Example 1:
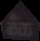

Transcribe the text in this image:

बैंक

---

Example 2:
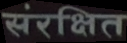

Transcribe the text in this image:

संरक्षित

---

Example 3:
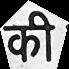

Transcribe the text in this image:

की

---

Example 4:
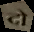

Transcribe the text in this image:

दो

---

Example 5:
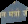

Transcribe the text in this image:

मंत्री